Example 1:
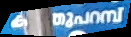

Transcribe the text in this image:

കതുപറമ്പ്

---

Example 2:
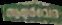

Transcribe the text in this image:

ആയുർവേദ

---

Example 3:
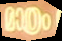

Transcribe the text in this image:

മാത്രം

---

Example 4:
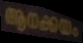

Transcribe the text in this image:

ആനക്കയം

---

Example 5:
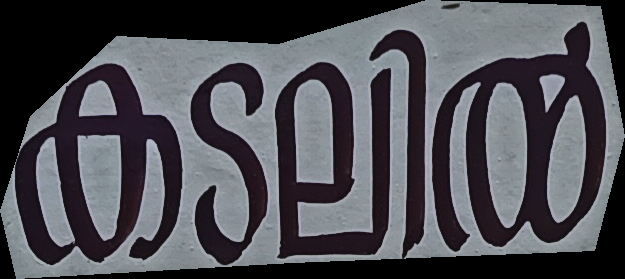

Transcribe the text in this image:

കടലിൽ